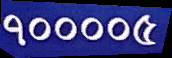
৭০০০০৫